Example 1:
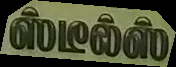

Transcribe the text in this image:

ஸ்டீல்ஸ்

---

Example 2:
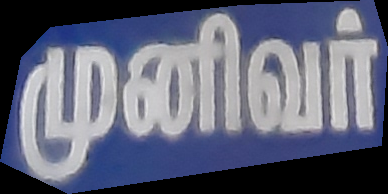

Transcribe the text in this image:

முனிவா்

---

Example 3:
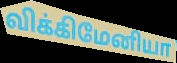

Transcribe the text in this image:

விக்கிமேனியா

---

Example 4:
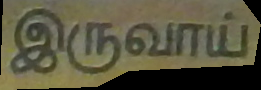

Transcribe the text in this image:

இ௫வாய்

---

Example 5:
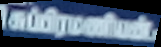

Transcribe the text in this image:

சுப்பிரமணியன்,